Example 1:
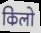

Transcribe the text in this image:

किलो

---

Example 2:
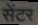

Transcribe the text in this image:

सेंटर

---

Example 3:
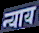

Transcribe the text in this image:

न्याय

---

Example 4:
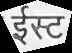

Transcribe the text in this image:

ईस्ट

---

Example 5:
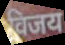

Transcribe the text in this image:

विजय